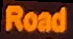
Road